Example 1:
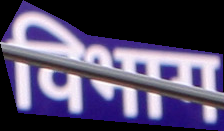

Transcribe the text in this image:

विभाग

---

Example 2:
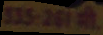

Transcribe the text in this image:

335-261मी.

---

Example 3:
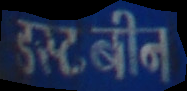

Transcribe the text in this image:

डस्टबीन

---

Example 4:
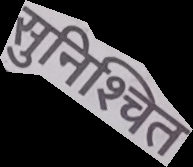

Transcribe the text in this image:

सुनिश्चित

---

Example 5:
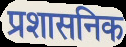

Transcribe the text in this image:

प्रशासनिक